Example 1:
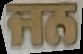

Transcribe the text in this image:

ਜਨ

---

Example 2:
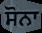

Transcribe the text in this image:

ਸੋਨਾ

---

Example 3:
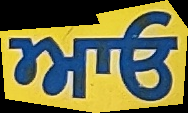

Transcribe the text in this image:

ਆਓ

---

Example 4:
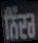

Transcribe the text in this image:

ਨਿੰਦਰ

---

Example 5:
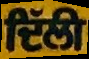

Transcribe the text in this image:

ਦਿੱਲੀ